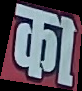
का